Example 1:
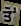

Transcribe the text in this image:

ਤੋ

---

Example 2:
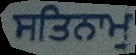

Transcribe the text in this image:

ਸਤਿਨਾਸੁ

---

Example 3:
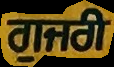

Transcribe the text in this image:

ਗੁਜਰੀ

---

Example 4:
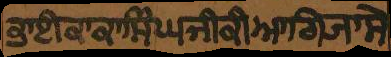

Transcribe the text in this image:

ਭਾਈਕਾਕਾਸਿੰਘਜੀਕੀਆਗਿਯਾਸੇ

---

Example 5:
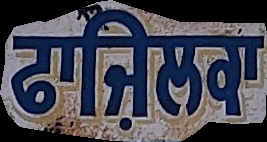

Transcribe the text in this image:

ਫਾਜ਼ਿਲਕ